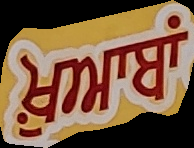
ਖ਼ੁਆਬਾਂ